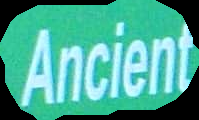
Ancient